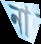
না